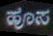
ಹೊಸ